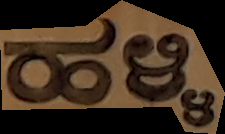
ಹಳ್ಳ